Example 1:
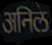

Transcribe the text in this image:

अनिल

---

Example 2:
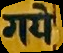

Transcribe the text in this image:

गये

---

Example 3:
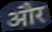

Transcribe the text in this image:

और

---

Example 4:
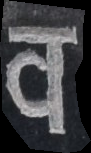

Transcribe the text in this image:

व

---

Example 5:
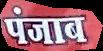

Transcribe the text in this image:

पंजाब